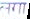
लगा